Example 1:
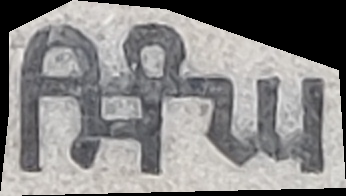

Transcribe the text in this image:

ਸਿੰਘ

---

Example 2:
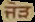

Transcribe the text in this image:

ਜੋੜ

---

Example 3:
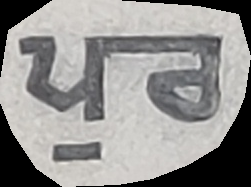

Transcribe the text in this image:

ਪੁਰ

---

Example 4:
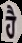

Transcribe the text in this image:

ਹੈ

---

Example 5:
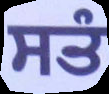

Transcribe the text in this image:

ਸਤੰ